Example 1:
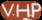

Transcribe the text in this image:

VHP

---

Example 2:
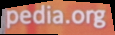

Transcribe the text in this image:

pedia.org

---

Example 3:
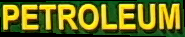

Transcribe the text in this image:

PETROLEUM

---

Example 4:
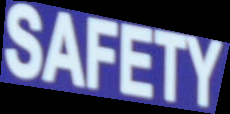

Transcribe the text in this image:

SAFETY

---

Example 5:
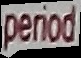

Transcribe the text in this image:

period